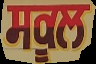
ਸਕੂਲ